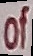
of